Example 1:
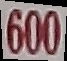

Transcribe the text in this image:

600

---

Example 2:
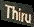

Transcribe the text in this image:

Thiru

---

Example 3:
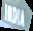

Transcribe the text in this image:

INDIA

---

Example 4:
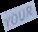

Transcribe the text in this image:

YOUR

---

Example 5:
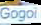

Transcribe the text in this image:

Gogoi